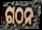
ଗଠନ